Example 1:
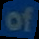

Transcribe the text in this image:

of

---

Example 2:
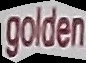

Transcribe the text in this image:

golden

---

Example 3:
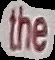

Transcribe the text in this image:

the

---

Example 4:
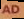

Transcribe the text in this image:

AD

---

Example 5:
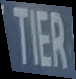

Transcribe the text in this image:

TIER